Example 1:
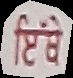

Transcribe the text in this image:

ਇੱਥੇ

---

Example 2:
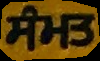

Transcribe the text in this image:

ਸੰਮਤ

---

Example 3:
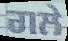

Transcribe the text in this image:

ਗਲੇ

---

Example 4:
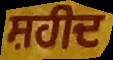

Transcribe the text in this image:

ਸ਼ਹੀਦ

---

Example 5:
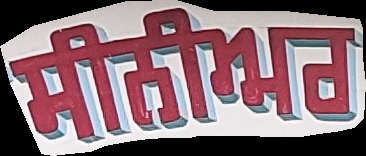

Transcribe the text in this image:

ਸੀਨੀਅਰ